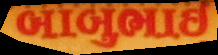
બાબુભાઇ